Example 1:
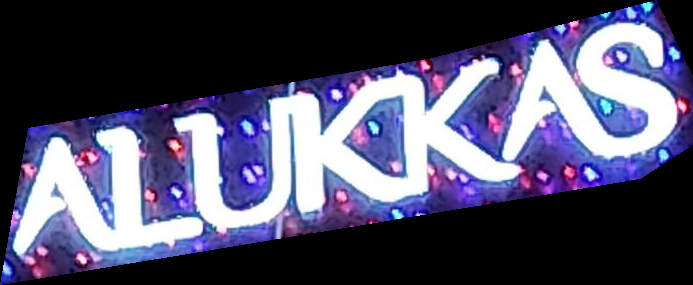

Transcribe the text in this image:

ALUKKAS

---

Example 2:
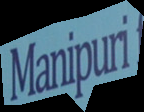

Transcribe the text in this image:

Manipuri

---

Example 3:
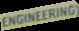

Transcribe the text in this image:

ENGINEERING)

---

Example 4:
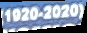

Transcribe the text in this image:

(1920-2020)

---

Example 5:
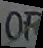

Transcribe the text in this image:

OF